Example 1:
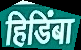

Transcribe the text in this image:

हिडिंबा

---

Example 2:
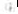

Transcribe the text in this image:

फ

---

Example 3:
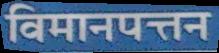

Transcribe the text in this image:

विमानपत्तन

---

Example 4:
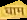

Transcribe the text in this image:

धाम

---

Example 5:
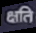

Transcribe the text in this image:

क्षति